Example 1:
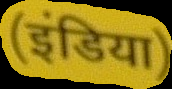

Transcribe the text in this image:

(इंडिया)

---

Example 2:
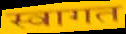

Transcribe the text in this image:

स्वागत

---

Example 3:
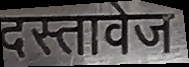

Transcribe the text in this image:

दस्तावेज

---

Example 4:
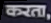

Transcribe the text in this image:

करता,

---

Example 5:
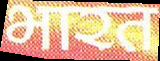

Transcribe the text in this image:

भारत